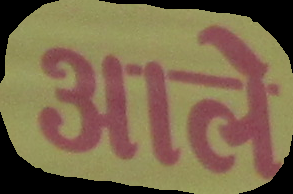
आले